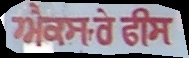
ਐਕਸਰੇਫੀਸ